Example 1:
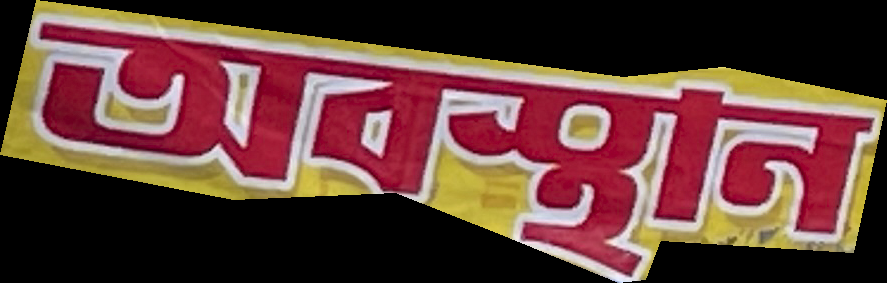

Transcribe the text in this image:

অবস্থান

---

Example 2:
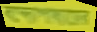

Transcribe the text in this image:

বন্দ্যোপষ্যয়ের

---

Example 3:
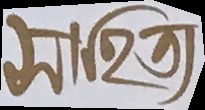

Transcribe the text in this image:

সাহিত্য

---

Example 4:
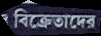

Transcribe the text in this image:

বিক্রেতাদের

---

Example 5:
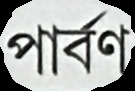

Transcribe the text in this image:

পার্বণ